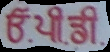
ਓ.ਪੀ.ਡੀ.